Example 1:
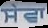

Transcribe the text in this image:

ਸੇਵਾ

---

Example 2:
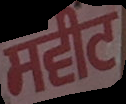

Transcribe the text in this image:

ਸਵੀਟ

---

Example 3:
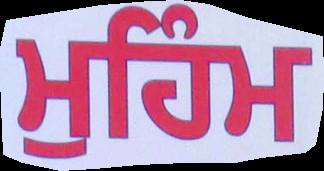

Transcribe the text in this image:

ਮੁਹਿੰਮ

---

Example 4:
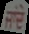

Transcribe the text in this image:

ਜਾਂਦੇ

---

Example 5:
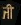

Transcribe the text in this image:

ਜੀ